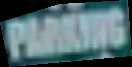
PARKING